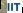
IIT